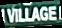
VILLAGE